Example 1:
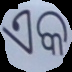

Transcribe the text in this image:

ଏକ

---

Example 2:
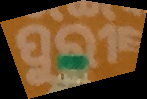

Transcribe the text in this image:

ପୁରା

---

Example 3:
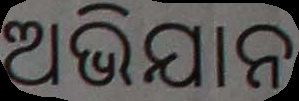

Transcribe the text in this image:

ଅଭିଯାନ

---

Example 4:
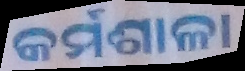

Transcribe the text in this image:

କର୍ମଶାଳା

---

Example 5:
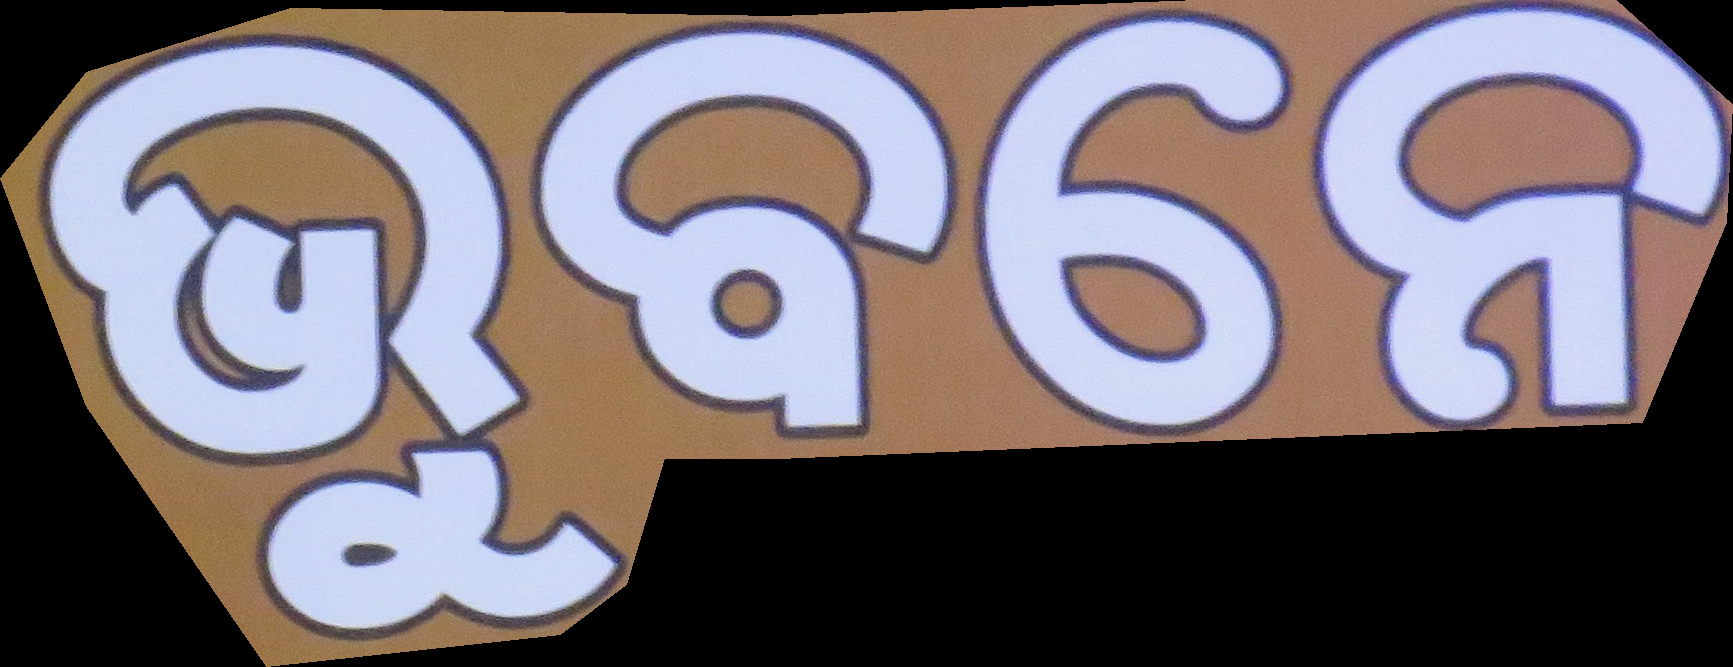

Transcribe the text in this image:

ଭୁବନେ